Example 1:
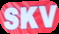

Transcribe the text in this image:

SKV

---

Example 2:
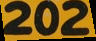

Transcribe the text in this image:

202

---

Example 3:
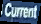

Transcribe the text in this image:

Current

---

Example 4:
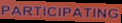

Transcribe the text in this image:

PARTICIPATING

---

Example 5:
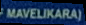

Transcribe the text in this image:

MAVELIKARA)